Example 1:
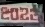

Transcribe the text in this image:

2022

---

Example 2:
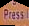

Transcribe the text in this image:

Press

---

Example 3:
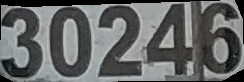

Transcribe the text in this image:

30246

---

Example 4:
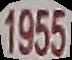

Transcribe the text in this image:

1955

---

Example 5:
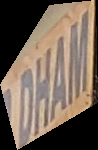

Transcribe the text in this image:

DHAM